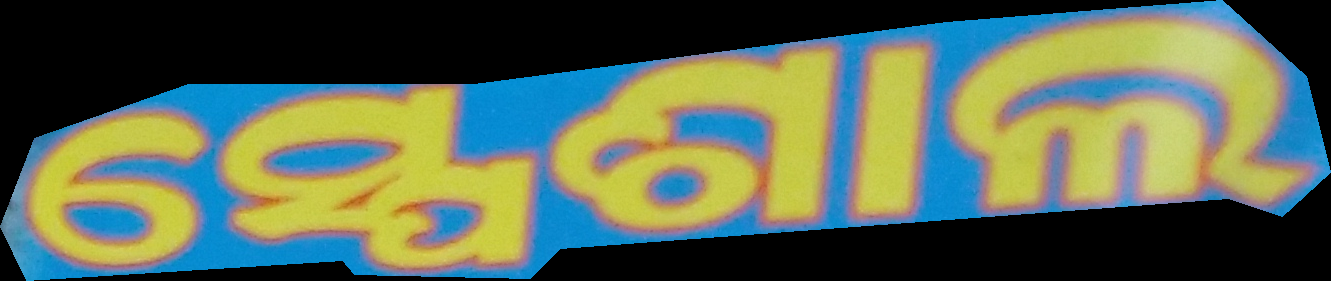
ସ୍ପେଶାଲ